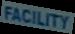
FACILITY